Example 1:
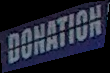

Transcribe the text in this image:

DONATION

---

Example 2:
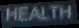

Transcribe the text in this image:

HEALTH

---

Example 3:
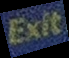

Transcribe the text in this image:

Exit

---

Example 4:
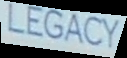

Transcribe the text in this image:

LEGACY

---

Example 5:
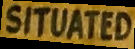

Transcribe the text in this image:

SITUATED